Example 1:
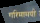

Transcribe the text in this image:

गरिमामयी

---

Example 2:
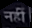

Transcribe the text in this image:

नहीं।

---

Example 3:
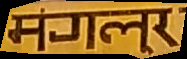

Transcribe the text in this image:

मंगलुर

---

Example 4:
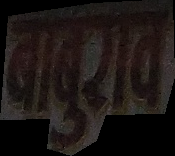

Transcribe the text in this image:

बाबुराव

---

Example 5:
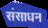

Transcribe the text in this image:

संसाधन